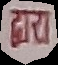
द्वारा